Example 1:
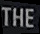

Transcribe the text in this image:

THE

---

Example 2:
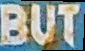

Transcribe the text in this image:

BUT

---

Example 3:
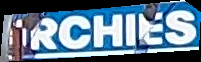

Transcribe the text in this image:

RCHIES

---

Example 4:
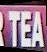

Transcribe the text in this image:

TEA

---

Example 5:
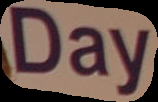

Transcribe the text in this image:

Day